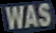
WAS